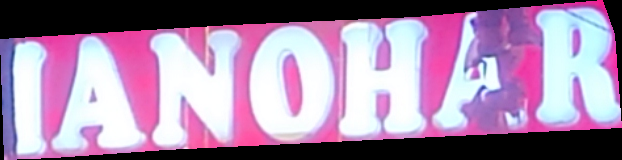
IANOHAR